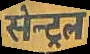
सेन्ट्रल